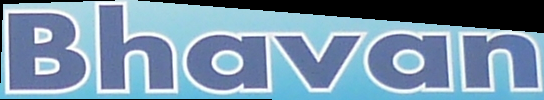
Bhavan